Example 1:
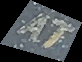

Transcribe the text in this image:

AT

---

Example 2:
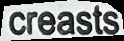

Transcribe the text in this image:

creasts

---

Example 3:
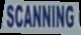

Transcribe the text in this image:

SCANNING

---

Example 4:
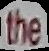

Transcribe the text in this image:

the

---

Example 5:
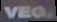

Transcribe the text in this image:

VEG.